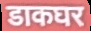
डाकघर